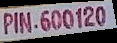
PIN-600120